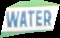
WATER